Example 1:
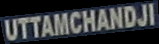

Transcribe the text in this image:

UTTAMCHANDJI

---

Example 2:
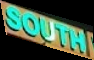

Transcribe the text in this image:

SOUTH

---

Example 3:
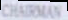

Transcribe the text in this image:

CHAIRMAN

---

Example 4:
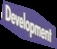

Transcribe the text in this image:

Development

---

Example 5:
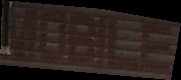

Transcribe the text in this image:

MOBILE